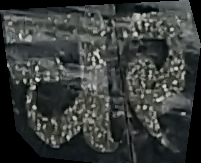
चर